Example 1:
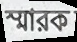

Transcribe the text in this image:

স্মারক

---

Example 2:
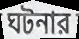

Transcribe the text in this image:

ঘটনার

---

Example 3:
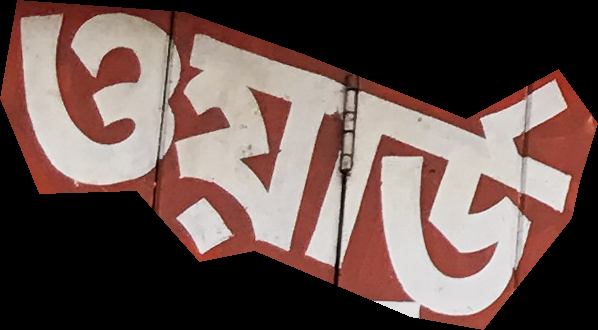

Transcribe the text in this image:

ওয়ার্ড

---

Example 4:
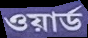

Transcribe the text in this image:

ওয়ার্ড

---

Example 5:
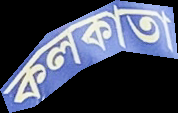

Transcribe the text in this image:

কলকাতা